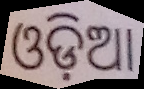
ଓଡ଼ିଆ